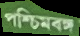
পশ্চিমবঙ্গ